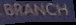
BRANCH